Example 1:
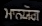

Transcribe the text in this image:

ਮਾਨਯੋਗ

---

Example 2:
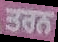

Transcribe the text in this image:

ਤਰਨ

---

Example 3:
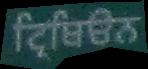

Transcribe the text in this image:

ਟ੍ਰਿਥਿੳਨ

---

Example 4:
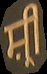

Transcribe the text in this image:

ਸ਼0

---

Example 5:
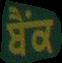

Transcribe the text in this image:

ਬੈਂਕ